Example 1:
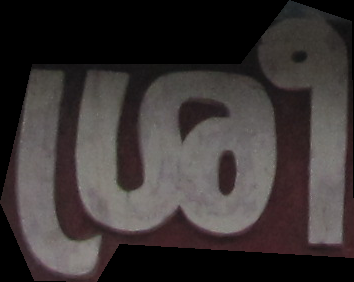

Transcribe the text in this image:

ശ്രീ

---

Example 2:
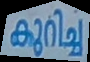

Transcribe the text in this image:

കുറിച്ച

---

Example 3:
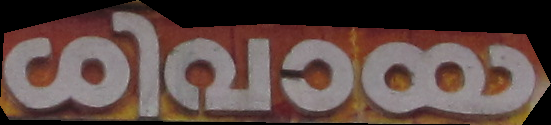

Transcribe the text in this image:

ശിവായ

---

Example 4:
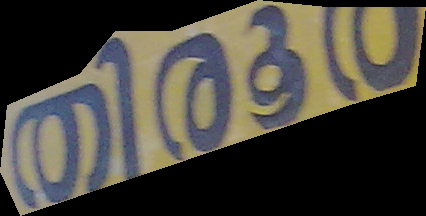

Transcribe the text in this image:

തിരൂർ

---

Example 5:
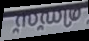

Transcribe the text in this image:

മിസ്‌ഡ്